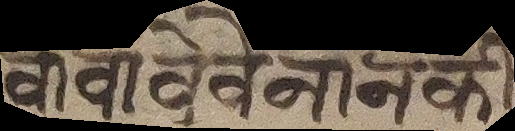
वावावेवेनानकी